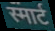
स्‍मार्ट